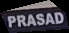
PRASAD